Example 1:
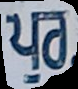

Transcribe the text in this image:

ਪੁਰ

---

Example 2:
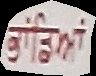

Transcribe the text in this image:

ਭਾਂਡਿਆਂ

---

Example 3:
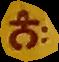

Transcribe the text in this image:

ਨੰਃ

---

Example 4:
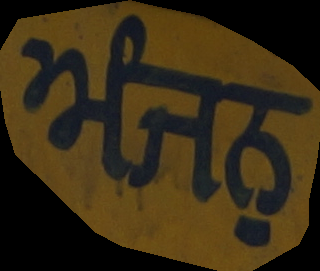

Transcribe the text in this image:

ਅੰਜਨੁ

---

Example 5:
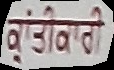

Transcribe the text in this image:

ਕਾਂਤੀਕਾਰੀ